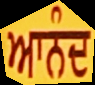
ਆਨੰਦ